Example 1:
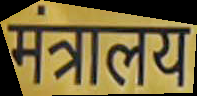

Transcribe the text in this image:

मंत्रालय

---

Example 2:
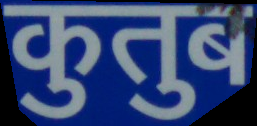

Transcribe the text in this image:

कुतुब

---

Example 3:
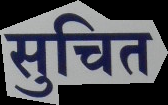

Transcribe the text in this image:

सुचित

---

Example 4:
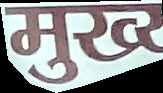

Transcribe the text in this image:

मुख्य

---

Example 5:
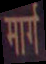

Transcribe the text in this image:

मार्ग